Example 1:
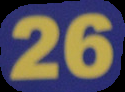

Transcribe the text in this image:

२६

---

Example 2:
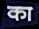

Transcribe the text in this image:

का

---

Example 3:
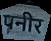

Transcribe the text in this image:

पनीर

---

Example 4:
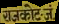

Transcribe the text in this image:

राजकोट-जं.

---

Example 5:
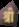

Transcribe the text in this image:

श्री